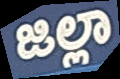
జల్లా